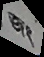
জং